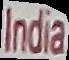
India